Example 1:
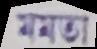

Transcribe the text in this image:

মমতা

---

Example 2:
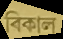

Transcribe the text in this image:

বিকাল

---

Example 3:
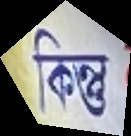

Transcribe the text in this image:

কিন্ত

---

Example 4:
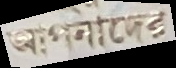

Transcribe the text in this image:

আগনাদের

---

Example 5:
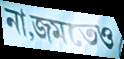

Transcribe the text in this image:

না, জমতেও